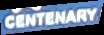
CENTENARY